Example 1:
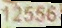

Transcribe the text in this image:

12556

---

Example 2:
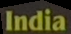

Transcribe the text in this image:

India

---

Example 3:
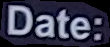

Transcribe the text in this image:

Date:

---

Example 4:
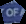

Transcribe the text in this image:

OF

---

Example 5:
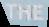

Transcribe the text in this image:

THE